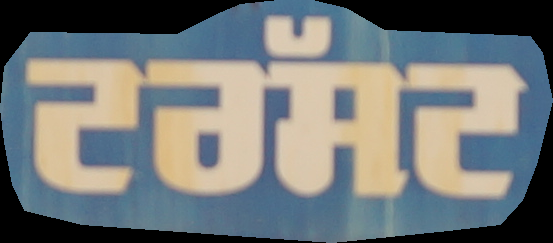
ਟਰੱਸਟ